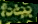
సీట్లు